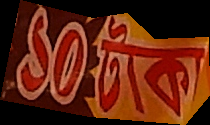
১০টাকা